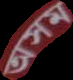
অসম